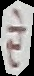
ਦੇ